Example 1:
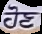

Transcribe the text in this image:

ਹੋਣ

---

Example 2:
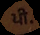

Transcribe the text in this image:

ਪੀ.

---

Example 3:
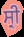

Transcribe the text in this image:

ਸ੍ਰੀ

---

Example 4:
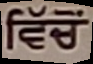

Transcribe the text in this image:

ਵਿੱਚੇਂ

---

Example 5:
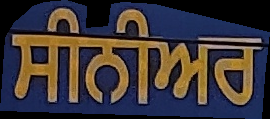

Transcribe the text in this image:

ਸੀਨੀਅਰ